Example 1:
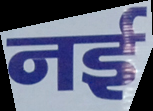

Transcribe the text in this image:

नईं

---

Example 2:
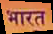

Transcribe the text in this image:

भारत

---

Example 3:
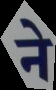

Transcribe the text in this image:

ने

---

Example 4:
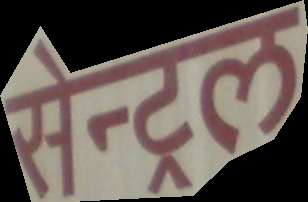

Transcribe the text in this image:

सेन्ट्रल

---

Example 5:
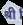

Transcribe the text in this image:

श्री